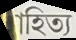
হিত্য